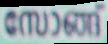
സോങ്ങ്